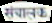
संचालक